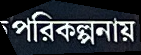
পরিকল্পনায়